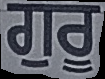
ਗੁਰੂ